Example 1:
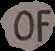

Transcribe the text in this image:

OF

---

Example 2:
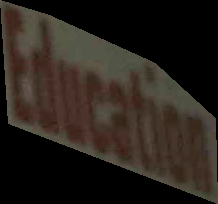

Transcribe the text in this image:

Education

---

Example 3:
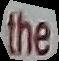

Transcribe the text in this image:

the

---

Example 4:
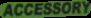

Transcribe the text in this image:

ACCESSORY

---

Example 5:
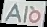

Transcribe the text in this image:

Alo